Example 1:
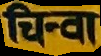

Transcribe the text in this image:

चिन्वा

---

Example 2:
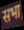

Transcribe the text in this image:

सभा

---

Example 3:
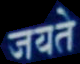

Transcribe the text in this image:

जयते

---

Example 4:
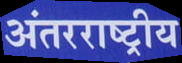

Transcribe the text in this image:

अंतरराष्ट्रीय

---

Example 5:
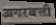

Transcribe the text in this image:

अगरबत्ती